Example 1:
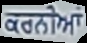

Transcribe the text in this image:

ਕਰਨੀਆਂ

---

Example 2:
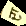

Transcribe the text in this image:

ਦਾ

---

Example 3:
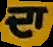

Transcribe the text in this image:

ਦਾ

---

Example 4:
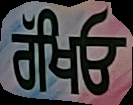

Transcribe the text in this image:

ਰੱਖਿਓ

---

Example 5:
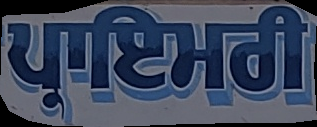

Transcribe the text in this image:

ਪ੍ਰਾਇਮਰੀ